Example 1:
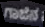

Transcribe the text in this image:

ಗಾಜಿನ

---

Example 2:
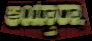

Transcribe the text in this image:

ಆಯ್ತಾರಾ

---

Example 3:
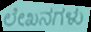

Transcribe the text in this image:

ಲೇಖನಗಳು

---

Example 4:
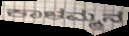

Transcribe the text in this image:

ಕಾಳಮ್ಮನ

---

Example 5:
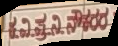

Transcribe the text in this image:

ಕ.ವಿ.ಪ್ರ.ನಿ.ನೌಕರರ